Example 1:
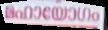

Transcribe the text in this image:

മഹായോഗം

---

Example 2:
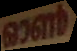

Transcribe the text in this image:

ഓൺ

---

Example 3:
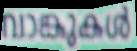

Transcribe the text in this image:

വാങ്കുകൾ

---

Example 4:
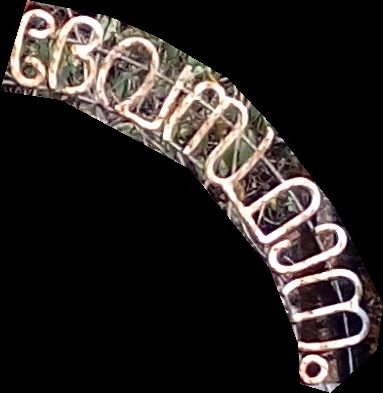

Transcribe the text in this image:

ദേവസ്ഥാനം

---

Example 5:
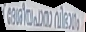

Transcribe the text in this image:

ദേശീയപാതാവിഭാഗം